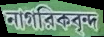
নাগরিকবৃন্দ